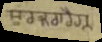
ਸੁਰਜਰਾਰੈਗ੍ਰ